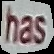
has